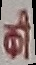
की